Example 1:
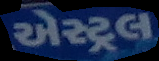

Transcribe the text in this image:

એસ્ટ્રલ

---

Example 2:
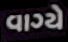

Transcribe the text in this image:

વાગ્યે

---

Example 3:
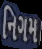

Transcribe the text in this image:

નિગમ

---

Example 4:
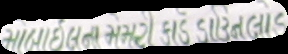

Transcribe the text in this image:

મોબાઈલ મેમરી કાર્ડ ડાઉનલોડ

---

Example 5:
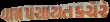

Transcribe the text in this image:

ગ્રામ પંચાયત કચેરી